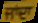
ਜਾਂਦਾ